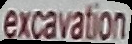
excavation